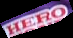
HERO